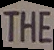
THE